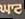
ਘਾਟ